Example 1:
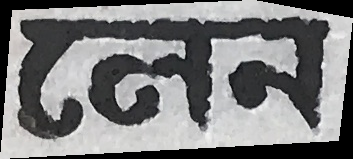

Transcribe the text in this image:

লেন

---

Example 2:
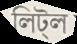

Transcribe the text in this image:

লিট্ল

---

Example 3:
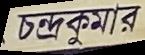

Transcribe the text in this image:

চন্দ্রকুমার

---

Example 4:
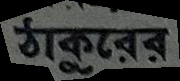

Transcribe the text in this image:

ঠাকুরের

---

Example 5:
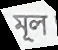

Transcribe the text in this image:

মূল